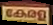
കേരള